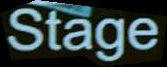
Stage